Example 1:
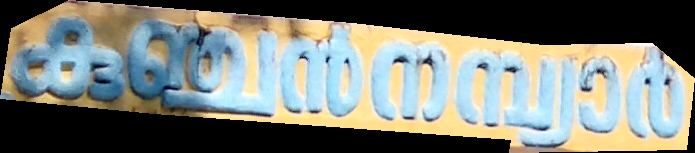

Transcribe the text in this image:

കുഞ്ചൻനമ്പ്വാർ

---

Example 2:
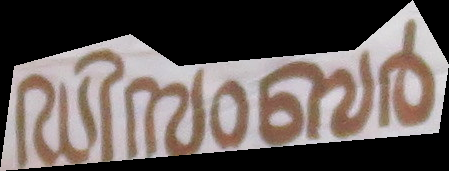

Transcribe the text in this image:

ഡിസംബർ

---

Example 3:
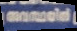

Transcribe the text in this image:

അവസ്ഥയിൽ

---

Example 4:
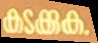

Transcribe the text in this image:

കടക്കുക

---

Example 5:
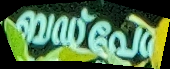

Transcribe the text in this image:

ബഡ്പേ